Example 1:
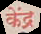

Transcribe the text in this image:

केंद्र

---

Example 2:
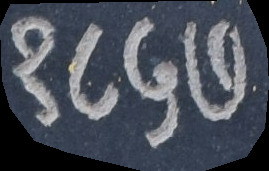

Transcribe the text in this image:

१८५७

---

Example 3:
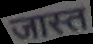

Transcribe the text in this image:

जास्त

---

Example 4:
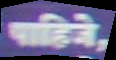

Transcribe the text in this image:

पाहिजे,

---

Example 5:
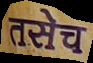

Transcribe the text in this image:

तसेच